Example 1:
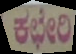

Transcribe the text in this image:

ಕಛೇರಿ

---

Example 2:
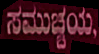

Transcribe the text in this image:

ಸಮುಚ್ಚಯ,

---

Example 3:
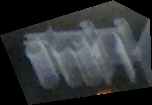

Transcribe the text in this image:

ಕಡಗ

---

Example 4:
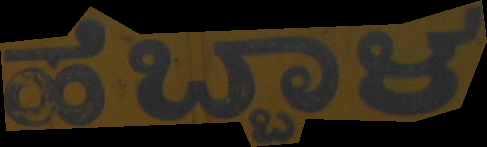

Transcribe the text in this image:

ಹೆಬ್ಬಾಳ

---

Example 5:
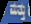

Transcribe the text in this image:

ಮತ್ತು